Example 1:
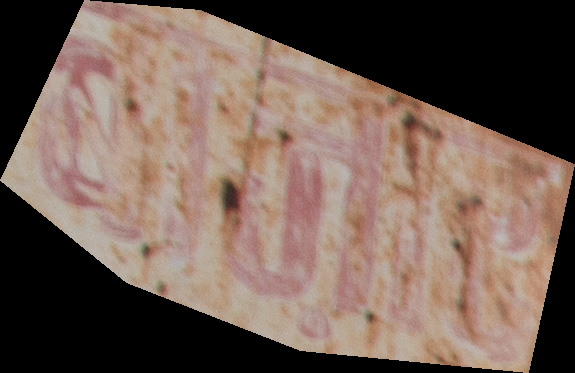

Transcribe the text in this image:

बाजार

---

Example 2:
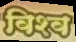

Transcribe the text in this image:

विश्‍व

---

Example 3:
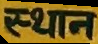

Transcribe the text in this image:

स्थान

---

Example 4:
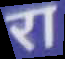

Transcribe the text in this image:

रा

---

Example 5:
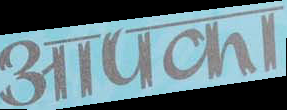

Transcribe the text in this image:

आपका